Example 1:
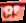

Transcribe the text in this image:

OF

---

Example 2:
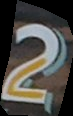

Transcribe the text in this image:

2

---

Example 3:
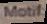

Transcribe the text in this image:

Motif:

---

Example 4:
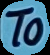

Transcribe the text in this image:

To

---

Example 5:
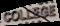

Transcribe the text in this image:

COLLEGE